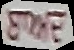
ਬਾਅਦ